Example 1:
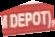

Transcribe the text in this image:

DEPOT),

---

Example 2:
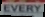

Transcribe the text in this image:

EVERY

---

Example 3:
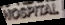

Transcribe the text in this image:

HOSPITAL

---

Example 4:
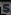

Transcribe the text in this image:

S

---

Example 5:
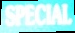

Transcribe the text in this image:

SPECIAL